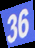
36